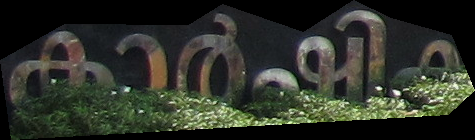
കാർഷിക